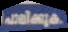
പാലിക്കുക